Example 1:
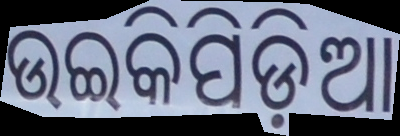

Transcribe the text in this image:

ଉଇକିପିଡ଼ିଆ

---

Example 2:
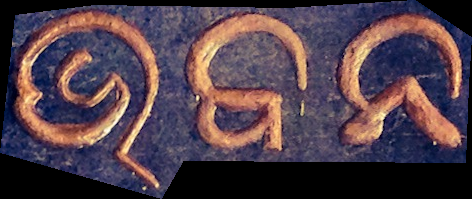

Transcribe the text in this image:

ଭଜନ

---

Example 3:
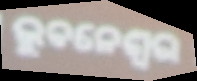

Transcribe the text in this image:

ଭୁବନେଶ୍ବର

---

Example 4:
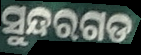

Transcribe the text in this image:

ସୁନ୍ଦରଗତ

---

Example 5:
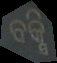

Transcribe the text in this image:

ବଜ୍ସି